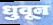
धुवून